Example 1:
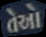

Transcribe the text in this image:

તેઑ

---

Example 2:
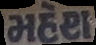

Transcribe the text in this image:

મહેશ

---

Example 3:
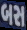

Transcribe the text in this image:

બસ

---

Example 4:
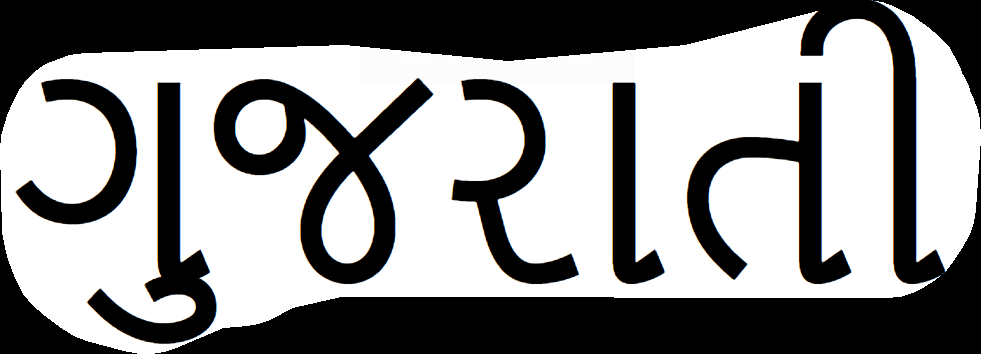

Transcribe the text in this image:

ગુજરાતી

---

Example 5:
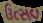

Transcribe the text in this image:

ઉત્સવ